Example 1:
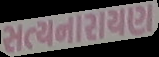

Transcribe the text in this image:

સત્યનારાયણ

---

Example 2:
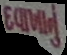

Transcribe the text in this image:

દવાઆનું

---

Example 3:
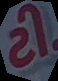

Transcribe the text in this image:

ટી.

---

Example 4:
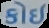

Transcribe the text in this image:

કોઇ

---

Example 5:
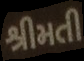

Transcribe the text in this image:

શ્રીમતી